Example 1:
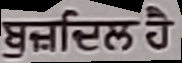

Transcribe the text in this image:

ਬੁਜ਼ਦਿਲਹੈ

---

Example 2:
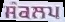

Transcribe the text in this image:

ਸੰਕਲਪ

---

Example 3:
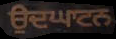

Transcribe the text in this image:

ਉਦਘਾਟਨ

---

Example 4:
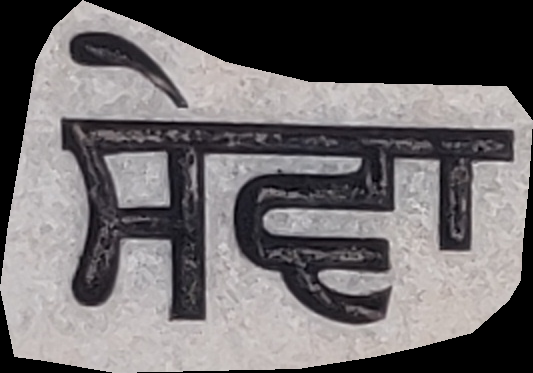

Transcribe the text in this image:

ਸੇਵਾ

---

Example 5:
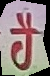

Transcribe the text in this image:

ਹੈ